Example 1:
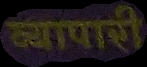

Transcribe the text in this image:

व्यापारी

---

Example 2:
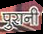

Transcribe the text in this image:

पुरानी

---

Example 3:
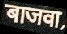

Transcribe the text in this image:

बाजवा,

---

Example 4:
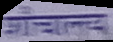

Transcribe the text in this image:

शौचालय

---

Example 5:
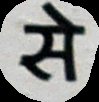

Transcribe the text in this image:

से